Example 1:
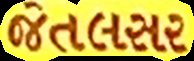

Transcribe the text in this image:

જેતલસ૨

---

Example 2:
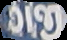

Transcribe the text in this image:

ગજી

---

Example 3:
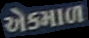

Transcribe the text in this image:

એકમાળ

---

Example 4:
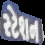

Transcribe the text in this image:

સ્ટેશન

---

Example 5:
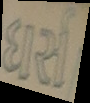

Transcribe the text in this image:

ધર્સ